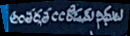
అంతర్గత cc బిడ్డకు నిధులు